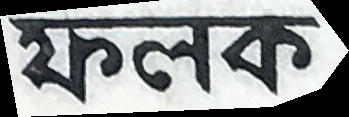
ফলক